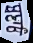
ਬਣਾਓ